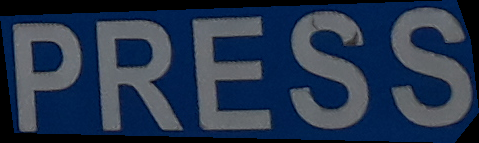
PRESS